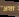
"अशा